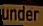
under